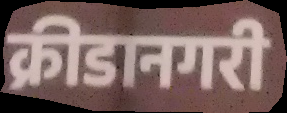
क्रीडानगरी